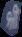
श्री